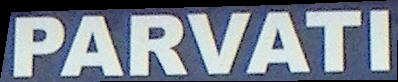
PARVATI